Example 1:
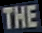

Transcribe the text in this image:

THE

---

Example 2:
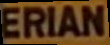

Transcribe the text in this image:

ERIAN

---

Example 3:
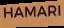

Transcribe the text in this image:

HAMARI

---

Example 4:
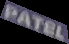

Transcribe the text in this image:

PATEL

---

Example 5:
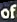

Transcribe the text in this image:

of